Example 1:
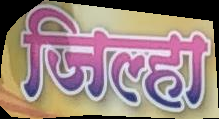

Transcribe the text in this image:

जिल्हा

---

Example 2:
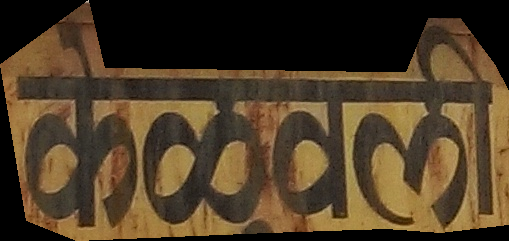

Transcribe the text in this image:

केळवली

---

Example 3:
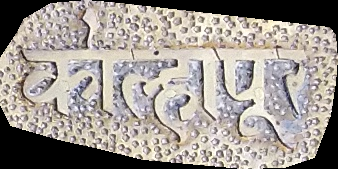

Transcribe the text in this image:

कोल्हापूर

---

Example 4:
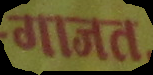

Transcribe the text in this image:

गाजत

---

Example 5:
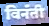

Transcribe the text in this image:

विनंती